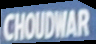
CHOUDWAR